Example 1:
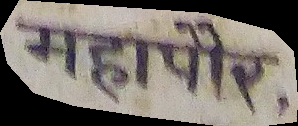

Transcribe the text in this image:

महापौर,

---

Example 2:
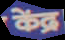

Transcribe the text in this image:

केंद्र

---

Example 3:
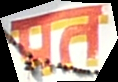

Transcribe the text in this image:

पत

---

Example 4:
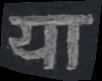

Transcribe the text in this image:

या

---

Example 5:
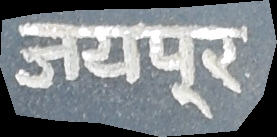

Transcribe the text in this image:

जयपूर